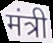
मंत्री